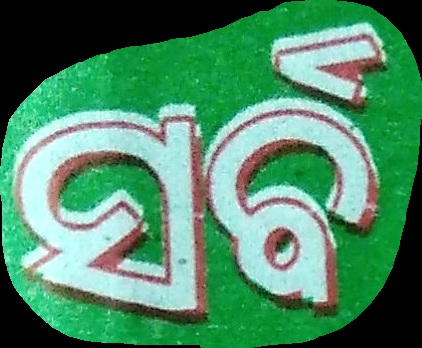
ସର୍ବ